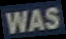
WAS